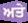
ਅਤੇ